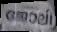
ജോലി